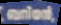
ബനിയൻ